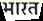
भारत